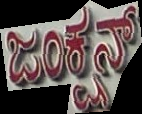
ಜಂಕ್ಷನ್